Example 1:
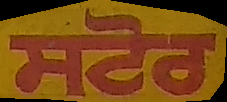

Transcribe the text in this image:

ਸਟੋਰ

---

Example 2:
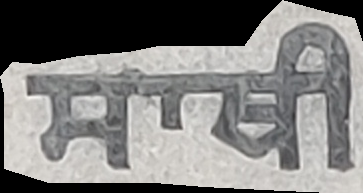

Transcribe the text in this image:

ਸਾਥੀ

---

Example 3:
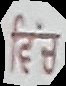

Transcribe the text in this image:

ਵਿੱਚ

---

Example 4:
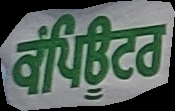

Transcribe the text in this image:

ਕੰਪਿਊਟਰ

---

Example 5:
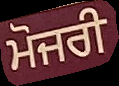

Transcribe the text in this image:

ਮੋਜਰੀ